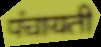
पंचायती